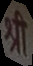
श्री